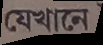
যেখানে